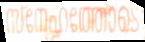
സ്നേഹത്തോടെ